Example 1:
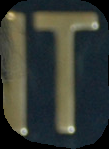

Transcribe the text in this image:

IT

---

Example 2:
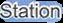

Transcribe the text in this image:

Station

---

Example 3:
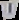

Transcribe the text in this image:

I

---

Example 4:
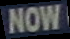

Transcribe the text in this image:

NOW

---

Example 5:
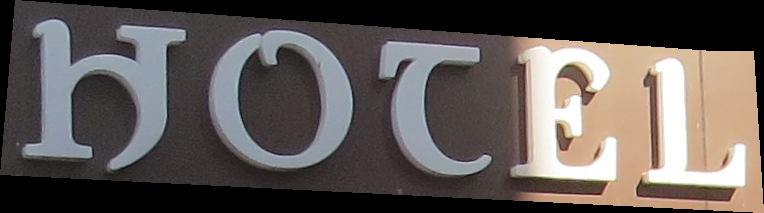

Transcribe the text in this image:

HOTEL